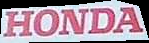
HONDA